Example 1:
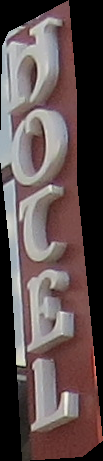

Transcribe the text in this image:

HOTEL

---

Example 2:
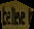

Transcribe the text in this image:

believe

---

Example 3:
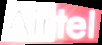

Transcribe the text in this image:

Airtel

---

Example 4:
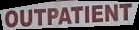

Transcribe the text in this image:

OUTPATIENT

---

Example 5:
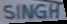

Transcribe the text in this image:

SINGH